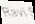
Ravi